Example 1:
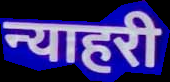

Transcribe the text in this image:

न्याहरी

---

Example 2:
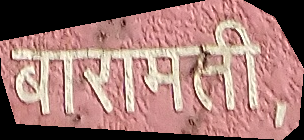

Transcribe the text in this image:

बारामती,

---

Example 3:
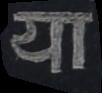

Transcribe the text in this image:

या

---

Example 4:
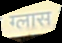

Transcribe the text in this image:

ग्लास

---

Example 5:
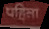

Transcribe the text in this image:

पहिला